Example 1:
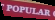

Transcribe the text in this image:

POPULAR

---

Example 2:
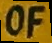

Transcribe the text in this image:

OF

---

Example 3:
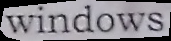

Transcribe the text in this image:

windows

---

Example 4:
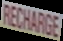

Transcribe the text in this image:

RECHARGE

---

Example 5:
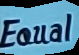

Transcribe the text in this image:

Equal